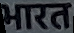
भारत